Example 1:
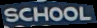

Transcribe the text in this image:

SCHOOL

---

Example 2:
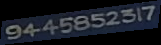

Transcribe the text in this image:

94-45852517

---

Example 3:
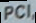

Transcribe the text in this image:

PCI,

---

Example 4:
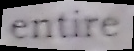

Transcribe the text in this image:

entire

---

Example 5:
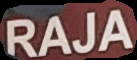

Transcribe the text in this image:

RAJA